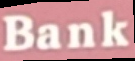
Bank